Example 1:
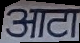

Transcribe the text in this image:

आटा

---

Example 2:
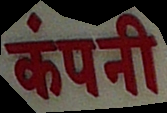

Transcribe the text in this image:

कंपनी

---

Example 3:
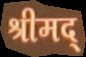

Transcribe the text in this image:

श्रीमद्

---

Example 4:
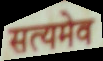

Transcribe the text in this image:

सत्‍यमेव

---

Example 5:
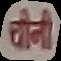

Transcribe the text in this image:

चीनी